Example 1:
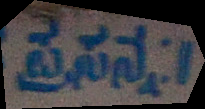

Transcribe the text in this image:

ಪ್ರಸನ್ನ:I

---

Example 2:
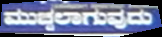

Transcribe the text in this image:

ಮುಚ್ಚಲಾಗುವುದು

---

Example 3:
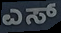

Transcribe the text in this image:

ಎಸ್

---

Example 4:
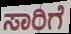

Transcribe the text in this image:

ಸಾರಿಗೆ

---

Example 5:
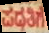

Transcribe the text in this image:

ಪದತಿಗೆ